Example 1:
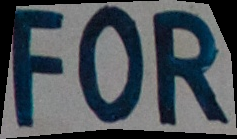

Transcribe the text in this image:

FOR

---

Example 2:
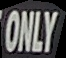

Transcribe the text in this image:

ONLY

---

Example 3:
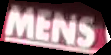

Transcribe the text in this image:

MENS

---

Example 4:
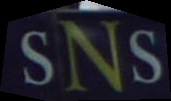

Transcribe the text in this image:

SNS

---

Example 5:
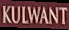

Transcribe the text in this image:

KULWANT